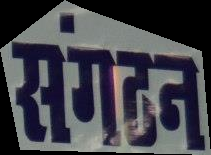
संगठन